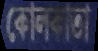
কোলকাতা